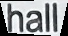
hall